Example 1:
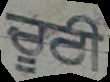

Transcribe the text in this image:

ਚੂਟੀ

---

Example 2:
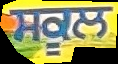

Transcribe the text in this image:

ਸਕੂਲ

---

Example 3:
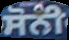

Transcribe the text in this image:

ਸਨੀ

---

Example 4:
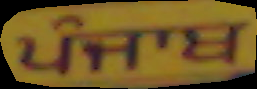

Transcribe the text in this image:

ਪੰਜਾਥ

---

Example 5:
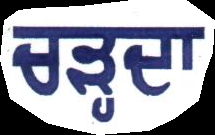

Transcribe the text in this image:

ਚੜ੍ਹਦਾ